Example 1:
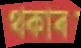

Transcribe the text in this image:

থকাৰ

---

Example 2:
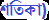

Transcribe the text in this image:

শতিকা)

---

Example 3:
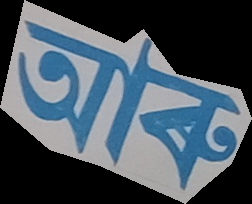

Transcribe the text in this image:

আৰু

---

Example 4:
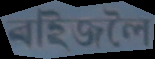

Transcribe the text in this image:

ৰাইজলৈ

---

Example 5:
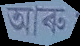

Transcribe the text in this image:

আৰু